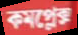
কমপ্লেক্স